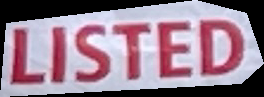
LISTED